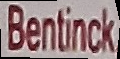
Bentinck